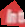
In